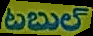
టబుల్